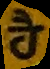
ਹੈ